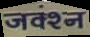
जंक्शन